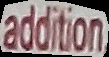
addition